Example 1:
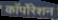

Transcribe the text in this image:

कॉर्पोरेशन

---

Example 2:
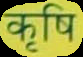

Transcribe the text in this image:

कृषि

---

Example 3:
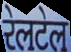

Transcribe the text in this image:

रेलटेल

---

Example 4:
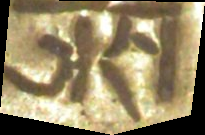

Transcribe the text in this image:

स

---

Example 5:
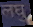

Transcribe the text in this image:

लघु